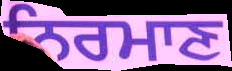
ਰਮਾਣ